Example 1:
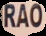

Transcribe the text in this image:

RAO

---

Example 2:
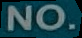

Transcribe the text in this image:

NO.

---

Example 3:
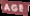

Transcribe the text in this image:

AGE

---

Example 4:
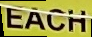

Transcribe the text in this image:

EACH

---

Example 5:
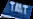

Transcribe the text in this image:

TMT